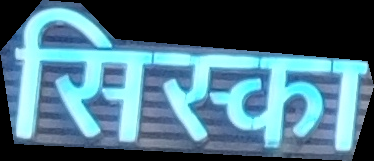
सिस्का